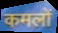
कमलों